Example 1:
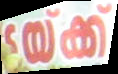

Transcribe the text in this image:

ടയ്‌ക്ക്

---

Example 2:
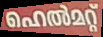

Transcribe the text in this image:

ഹെൽമറ്റ്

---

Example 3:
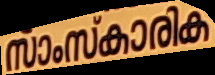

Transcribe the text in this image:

സാംസ്‌കാരിക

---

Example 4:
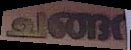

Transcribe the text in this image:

ചങ്ങ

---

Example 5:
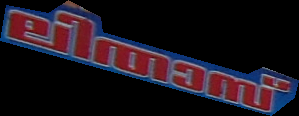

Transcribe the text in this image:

ലിതാസ്